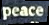
peace